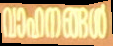
വാഹനങ്ങൾ